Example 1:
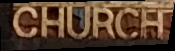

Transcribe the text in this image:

CHURCH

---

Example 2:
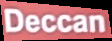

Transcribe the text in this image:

Deccan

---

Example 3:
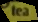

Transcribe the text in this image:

tea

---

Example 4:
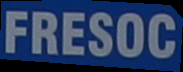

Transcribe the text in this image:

FRESOC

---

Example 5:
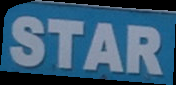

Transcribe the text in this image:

STAR